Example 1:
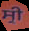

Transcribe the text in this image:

ਸ੍ਰੀ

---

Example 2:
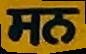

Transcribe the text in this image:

ਸਨ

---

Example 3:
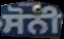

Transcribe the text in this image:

ਸੋਨੀ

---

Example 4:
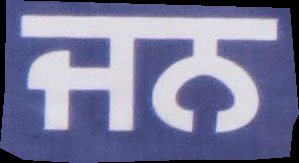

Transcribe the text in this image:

ਜਨ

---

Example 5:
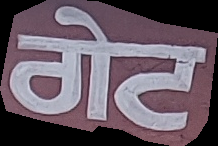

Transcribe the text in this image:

ਗੇਟ